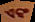
ଏବଂ